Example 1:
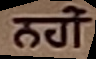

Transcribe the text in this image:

ਨਹੀਂ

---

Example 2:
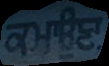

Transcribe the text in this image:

ਕਮਾਉਣਾ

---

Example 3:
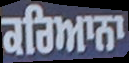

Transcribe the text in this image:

ਕਰਿਆਨਾ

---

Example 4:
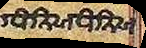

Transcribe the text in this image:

ਧੰਨਿਯਧੰਨਿਯ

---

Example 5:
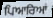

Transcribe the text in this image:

ਪਿਆਰਿਆ